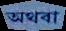
অথবা